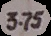
3.75